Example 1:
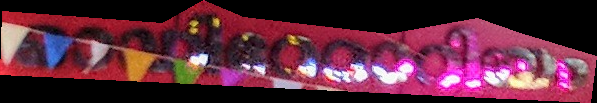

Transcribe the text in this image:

ഓഡിറേറാറിയം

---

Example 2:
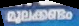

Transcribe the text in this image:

മൂലക്കണ്ടം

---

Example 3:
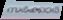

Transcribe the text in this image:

സർക്കാര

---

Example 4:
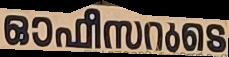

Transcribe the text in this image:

ഓഫീസറുടെ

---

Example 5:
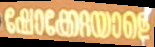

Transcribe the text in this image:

ഷോക്കേറ്റയാളെ